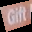
Gift